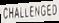
CHALLENGED